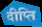
दीप्ति